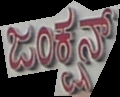
ಜಂಕ್ಷನ್